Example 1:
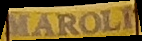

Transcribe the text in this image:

MAROLI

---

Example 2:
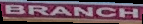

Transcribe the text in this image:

BRANCH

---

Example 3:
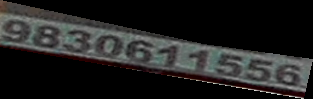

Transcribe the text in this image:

9830611556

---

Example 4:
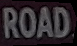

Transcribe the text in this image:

ROAD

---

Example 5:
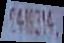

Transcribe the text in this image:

2418314.